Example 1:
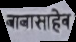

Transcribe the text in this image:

बाबासाहेब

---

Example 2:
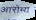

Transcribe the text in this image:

आरोग्य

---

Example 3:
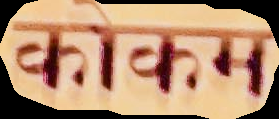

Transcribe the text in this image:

कोकम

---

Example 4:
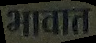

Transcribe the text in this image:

भावात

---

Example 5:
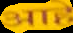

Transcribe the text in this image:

आहे